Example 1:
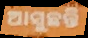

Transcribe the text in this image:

ଆସୁଛନ୍ତି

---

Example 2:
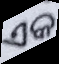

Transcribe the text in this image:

ଏକ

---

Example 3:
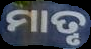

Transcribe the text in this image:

ମାତୃ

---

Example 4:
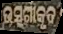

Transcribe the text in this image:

ଉତ୍ସଗୀକୃତ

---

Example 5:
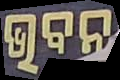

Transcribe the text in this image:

ଭୁବନ